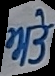
ਅਤੇ